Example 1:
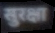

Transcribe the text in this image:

सुरक्षा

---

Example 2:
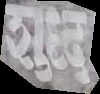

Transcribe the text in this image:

शुध्द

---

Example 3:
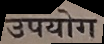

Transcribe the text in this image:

उपयोग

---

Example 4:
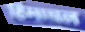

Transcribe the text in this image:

हिमाचल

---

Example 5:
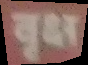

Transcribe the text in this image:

वृक्ष